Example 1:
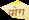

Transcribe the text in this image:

यांग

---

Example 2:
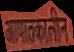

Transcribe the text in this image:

आपातकालीन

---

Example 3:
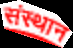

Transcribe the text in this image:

संस्थान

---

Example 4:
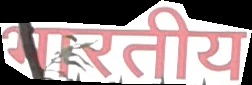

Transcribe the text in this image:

भारतीय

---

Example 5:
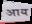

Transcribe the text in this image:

आय